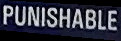
PUNISHABLE